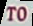
TO